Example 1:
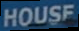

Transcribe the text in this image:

HOUSE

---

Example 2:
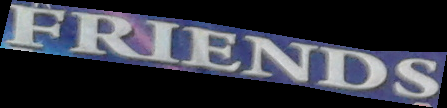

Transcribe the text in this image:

FRIENDS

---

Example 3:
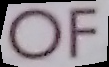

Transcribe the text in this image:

OF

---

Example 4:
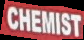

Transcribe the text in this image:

CHEMIST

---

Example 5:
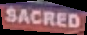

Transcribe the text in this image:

SACRED